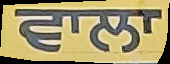
ਵਾਲਾ